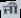
ਜੀ